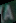
A